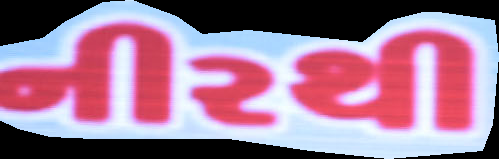
નીરથી